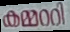
കമ്മററി